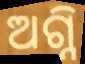
ଅଗ୍ନି